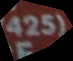
425)